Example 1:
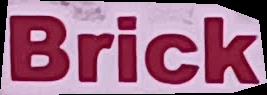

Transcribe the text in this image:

Brick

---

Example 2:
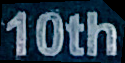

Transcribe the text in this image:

10th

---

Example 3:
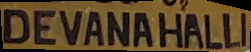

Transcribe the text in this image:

DEVANAHALLI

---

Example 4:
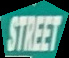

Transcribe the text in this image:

STREET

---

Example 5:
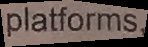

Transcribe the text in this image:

platforms,